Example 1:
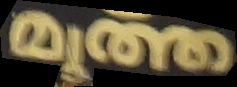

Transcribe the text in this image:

മുത്ത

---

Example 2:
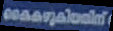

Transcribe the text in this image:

കൈകഴുകിയതിന്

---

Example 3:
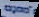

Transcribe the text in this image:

യൂത്ത്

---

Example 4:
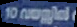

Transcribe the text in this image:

10 വയസ്സിൽ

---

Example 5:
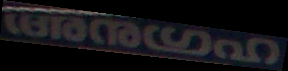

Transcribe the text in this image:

അനുഗഹ